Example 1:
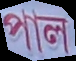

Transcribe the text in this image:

পাল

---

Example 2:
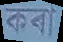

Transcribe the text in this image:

কৰা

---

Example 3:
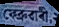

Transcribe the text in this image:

ফেক্ৰবাৰী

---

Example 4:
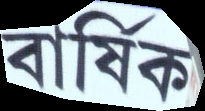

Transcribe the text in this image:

বার্ষিক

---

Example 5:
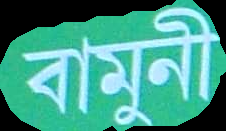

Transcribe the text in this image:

বামুনী